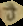
ਹੈ